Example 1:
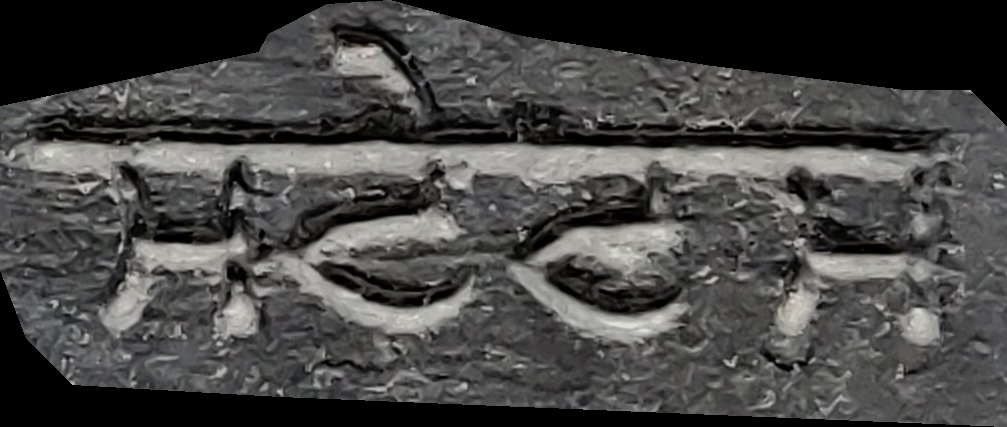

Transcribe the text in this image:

ਸਟੇਰਸ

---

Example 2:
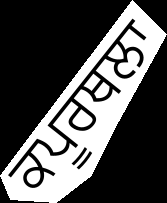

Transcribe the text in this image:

ਕਪੂਰਥਲਾ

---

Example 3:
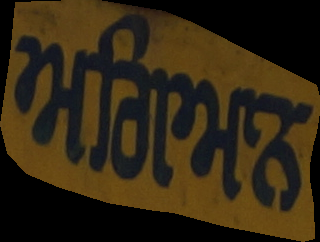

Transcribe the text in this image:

ਅਗ਼ਿਆਨ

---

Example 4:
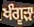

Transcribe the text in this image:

ਖੰਗੂੜ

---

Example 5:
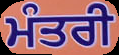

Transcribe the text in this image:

ਮੰਤਰੀ